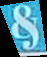
&